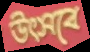
উৎসবে